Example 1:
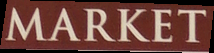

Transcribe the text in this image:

MARKET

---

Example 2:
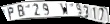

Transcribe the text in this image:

PB29W9717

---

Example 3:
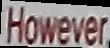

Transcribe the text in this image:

However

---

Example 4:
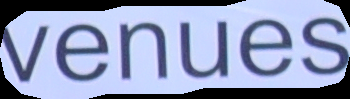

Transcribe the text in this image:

venues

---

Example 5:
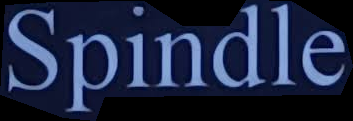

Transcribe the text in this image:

Spindle